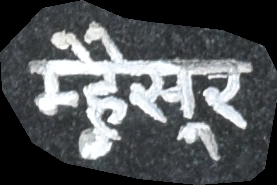
म्हैूसूर